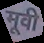
मूवी